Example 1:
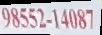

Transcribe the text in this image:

98552-14087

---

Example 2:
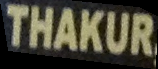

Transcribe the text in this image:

THAKUR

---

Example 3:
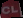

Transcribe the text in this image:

CL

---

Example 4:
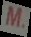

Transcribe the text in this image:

M.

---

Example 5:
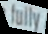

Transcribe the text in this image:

fully